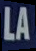
LA